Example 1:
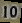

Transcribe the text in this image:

10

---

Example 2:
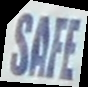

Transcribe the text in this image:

SAFE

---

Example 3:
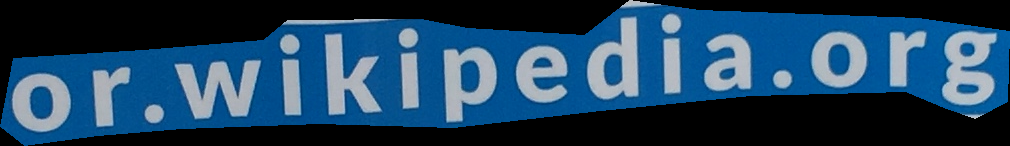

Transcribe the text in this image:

or.wikipedia.org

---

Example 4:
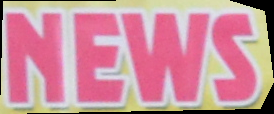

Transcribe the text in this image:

NEWS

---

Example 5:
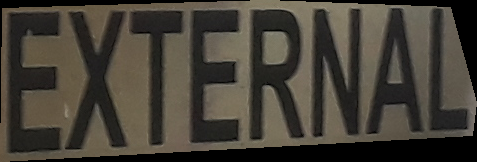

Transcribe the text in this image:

EXTERNAL